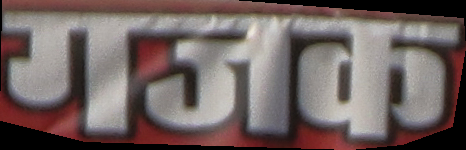
गजक